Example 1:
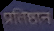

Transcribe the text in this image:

प्रतिष्ठान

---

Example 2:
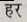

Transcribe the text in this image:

हर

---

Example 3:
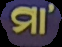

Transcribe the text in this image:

व्रा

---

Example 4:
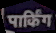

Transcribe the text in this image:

पार्किंग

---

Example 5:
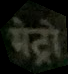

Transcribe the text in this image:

मेट्रो